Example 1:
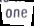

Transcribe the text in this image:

one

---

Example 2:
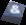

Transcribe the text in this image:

&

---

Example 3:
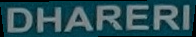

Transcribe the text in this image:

DHARERI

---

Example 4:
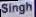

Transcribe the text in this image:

Singh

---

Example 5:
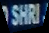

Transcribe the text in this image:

SHRI